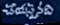
చేయస్తనది